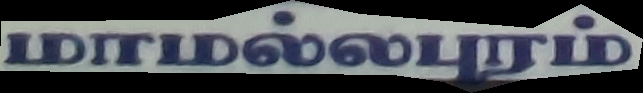
மாமல்லபுரம்